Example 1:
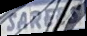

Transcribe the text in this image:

SAREES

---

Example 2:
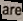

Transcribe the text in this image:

are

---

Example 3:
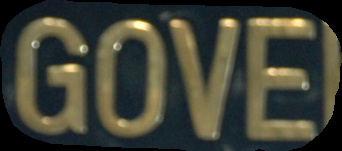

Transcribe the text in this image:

GOVE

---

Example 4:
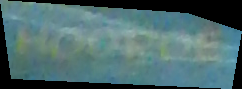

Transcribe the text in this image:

HOORDE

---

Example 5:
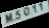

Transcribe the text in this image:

M5011